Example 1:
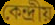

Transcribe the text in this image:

কেন্দ্ৰীয়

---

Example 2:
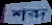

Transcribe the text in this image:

শব্দ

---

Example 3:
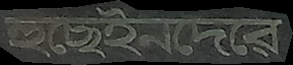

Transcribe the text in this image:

হুছেইনদেৱে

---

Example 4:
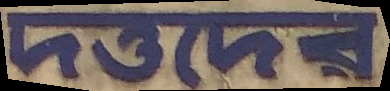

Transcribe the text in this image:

দত্তদেৱ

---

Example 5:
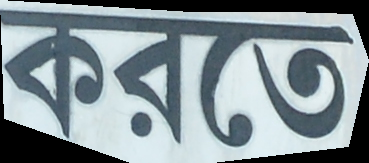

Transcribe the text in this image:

করতে